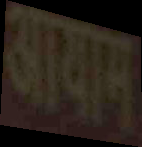
आयाम